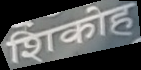
शिकोह